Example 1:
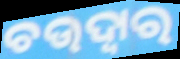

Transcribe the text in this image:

ଚଉଦ୍ବାର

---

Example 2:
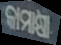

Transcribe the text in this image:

କାମାକ୍ଷା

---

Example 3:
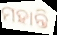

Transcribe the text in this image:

ମହାନ୍ତି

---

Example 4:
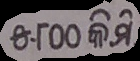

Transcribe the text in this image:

୫-୮୦୦ କି ମି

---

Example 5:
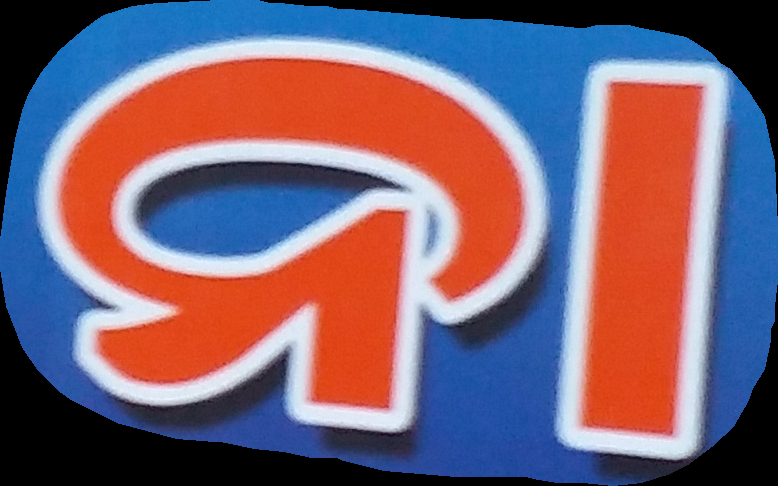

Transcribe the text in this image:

ନା